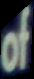
of